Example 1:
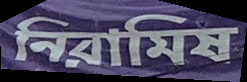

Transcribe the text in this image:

নিরামিষ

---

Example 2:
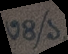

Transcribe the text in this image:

৩৪/১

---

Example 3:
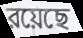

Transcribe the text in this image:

রয়েছে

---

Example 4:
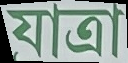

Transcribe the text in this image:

যাত্রা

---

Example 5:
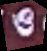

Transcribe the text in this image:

ও